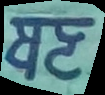
ਬਣ